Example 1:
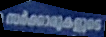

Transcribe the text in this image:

സർക്കാരുകളുടെ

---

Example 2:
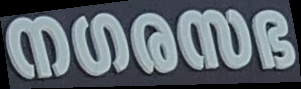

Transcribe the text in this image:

നഗരസഭ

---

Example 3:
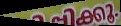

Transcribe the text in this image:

ക്കു.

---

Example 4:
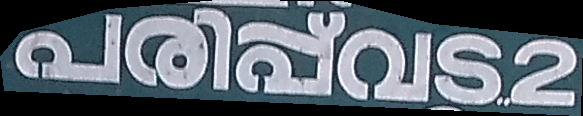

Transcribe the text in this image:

പരിപ്പ് ‌വട 2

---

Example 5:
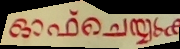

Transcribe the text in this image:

ഓഫ് ചെയ്യടക